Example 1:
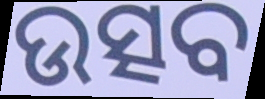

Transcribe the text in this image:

ଉତ୍ସବ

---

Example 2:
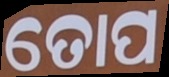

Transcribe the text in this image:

ତୋପ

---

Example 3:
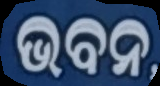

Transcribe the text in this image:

ଭବନ,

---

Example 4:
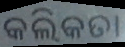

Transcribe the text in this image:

କଲିକତା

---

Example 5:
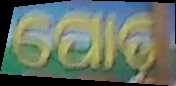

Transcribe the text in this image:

ପୋତ